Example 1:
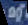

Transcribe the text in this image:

മറ്റ്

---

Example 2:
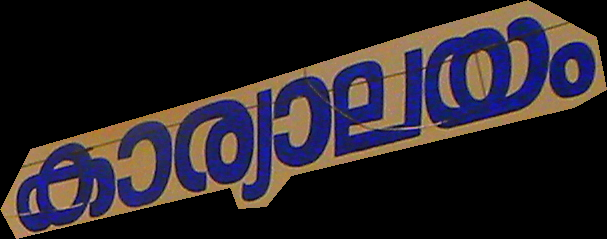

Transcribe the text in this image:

കാര്യാലയം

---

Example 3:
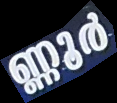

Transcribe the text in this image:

ണ്ണൂർ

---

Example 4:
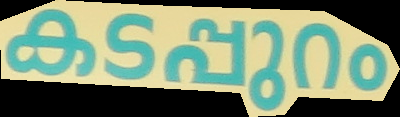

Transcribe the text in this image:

കടപ്പുറം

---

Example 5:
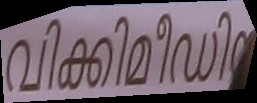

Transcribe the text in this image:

വിക്കിമീഡിയ